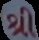
શ્રી